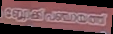
ബ്ലോക്ക് പഞ്ചായത്ത്